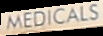
MEDICALS